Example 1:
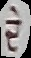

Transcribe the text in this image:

ਦੇ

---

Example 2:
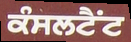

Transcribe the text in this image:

ਕੰਸਲਟੈਂਟ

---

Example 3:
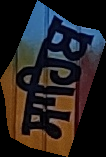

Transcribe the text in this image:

ਸਾਹਿਬ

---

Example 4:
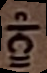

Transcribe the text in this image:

ਨੂੰ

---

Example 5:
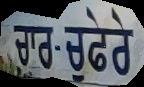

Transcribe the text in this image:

ਚਾਰ-ਚੁਫੇਰੇ